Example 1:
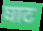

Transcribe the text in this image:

घाट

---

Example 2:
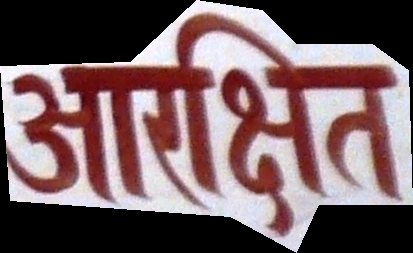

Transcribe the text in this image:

आरक्षित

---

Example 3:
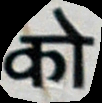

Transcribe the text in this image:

को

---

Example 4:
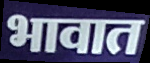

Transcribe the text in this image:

भावात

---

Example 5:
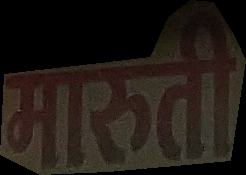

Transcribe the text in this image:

मारुती